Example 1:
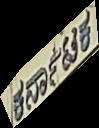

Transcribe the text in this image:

ಕರ್ನಾಟಕ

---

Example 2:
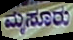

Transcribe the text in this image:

ಮೈಸೂರು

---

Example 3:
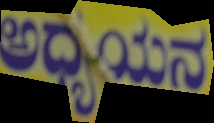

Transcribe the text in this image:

ಅಧ್ಯಯನ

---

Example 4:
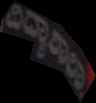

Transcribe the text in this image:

ವಿದ್ಯಾಶಾಲಾ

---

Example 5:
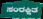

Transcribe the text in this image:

ಸಂರಕ್ಷಿತ